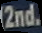
2nd.